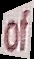
of